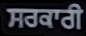
ਸਰਕਾਰੀ